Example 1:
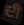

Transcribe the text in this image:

ਦੀ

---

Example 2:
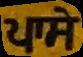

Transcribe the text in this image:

ਪਾਸੇ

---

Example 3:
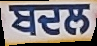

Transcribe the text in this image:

ਬਦਲ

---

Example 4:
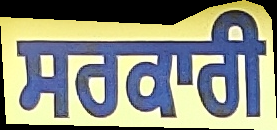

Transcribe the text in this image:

ਸਰਕਾਰੀ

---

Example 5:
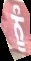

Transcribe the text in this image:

ਨੂੰ